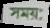
সময়ঃ